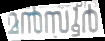
മൻസൂർ